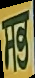
ਸਭ